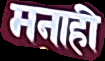
मनाही